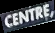
CENTRE,